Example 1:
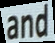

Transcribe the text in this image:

and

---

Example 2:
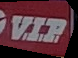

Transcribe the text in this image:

V.I.P.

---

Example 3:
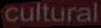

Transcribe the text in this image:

cultural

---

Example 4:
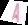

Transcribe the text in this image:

A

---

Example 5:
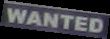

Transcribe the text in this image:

WANTED